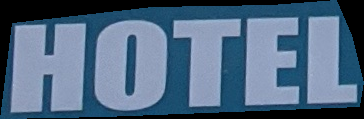
HOTEL